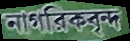
নাগরিকবৃন্দ